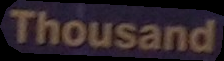
Thousand